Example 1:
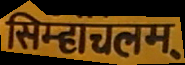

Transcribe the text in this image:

सिम्हाचलम्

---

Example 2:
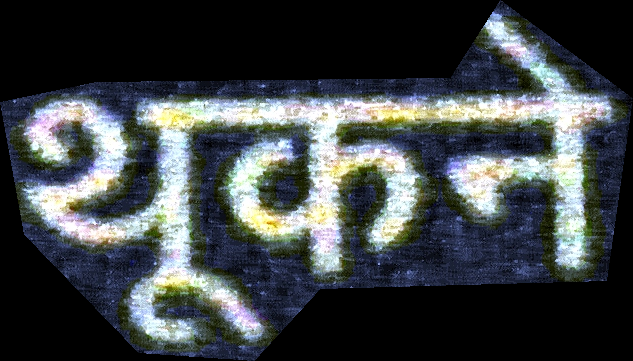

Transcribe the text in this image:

थूकने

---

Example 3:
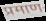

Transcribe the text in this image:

प्रमाण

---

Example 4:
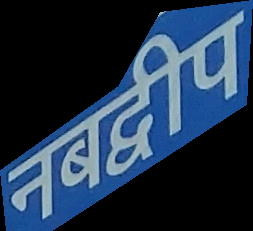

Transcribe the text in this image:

नबद्वीप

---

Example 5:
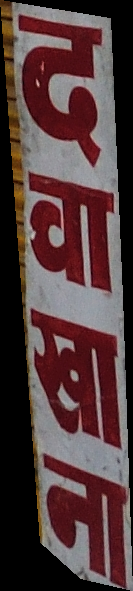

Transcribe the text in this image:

दवाखाना